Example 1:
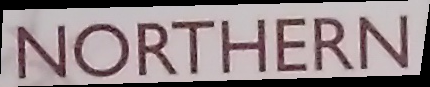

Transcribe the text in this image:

NORTHERN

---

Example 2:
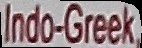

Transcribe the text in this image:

Indo-Greek,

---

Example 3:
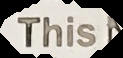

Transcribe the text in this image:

This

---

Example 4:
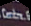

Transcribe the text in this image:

Centre,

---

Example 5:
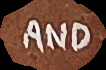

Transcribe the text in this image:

AND